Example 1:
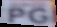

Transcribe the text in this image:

PG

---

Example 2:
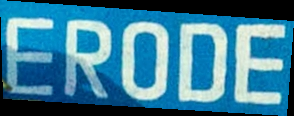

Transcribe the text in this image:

ERODE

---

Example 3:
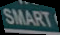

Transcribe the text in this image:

SMART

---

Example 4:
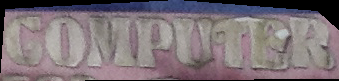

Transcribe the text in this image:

COMPUTER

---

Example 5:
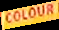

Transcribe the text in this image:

COLOUR